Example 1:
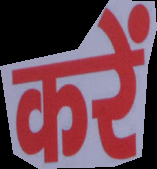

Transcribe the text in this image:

करें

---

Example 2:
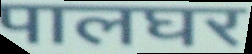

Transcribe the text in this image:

पालघर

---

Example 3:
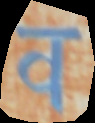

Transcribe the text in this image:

व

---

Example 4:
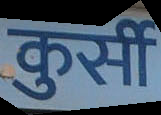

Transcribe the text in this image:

कुर्सी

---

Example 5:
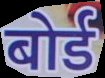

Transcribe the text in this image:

बोर्ड